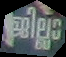
ജില്ലാ